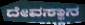
ದೇವಸ್ವಾನ